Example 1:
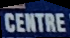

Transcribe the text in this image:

CENTRE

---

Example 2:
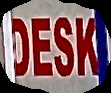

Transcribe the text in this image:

DESK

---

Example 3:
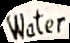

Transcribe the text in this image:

Water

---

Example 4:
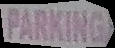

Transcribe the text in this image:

PARKING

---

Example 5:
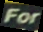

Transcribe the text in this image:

For